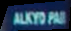
ALKYOPA